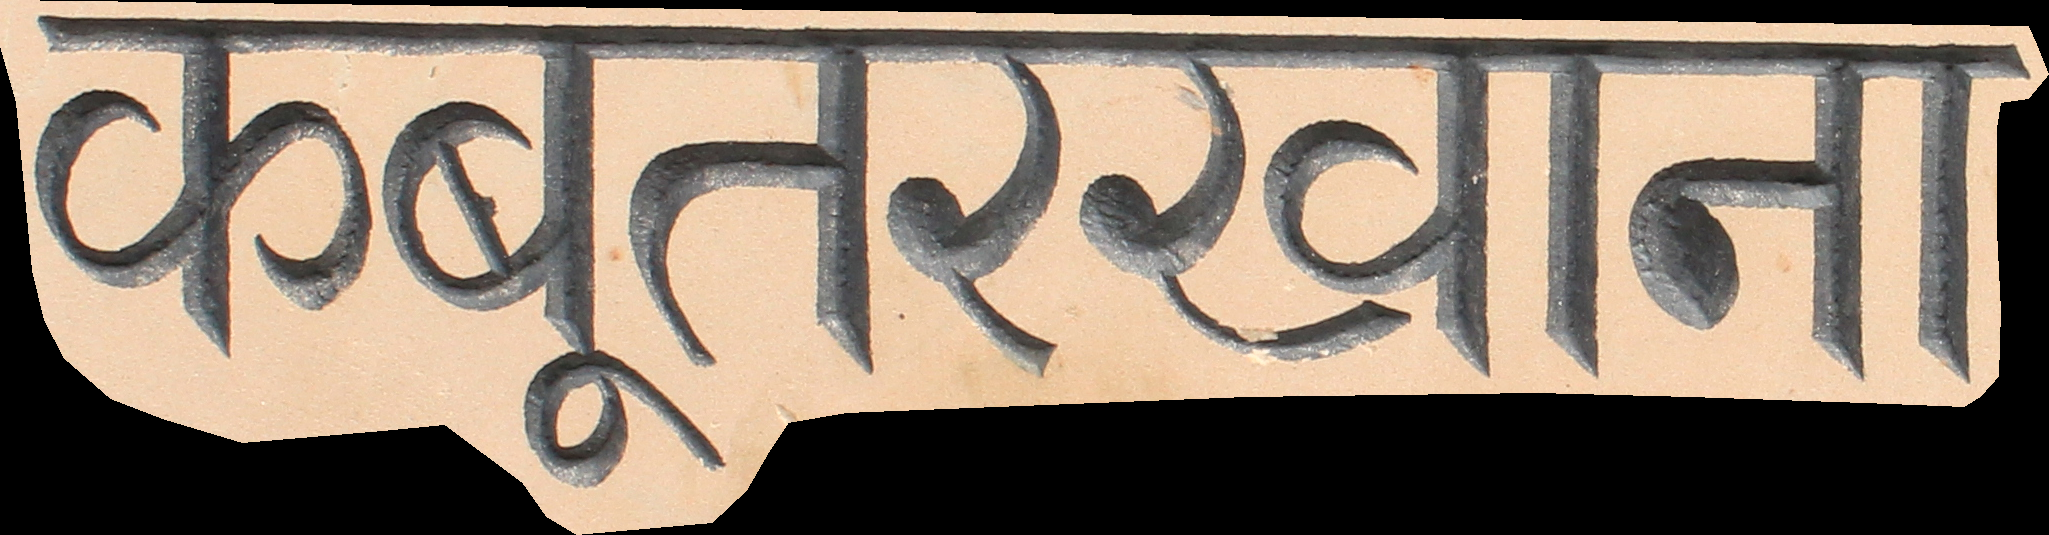
कबूतरखाना